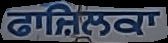
ਫਾਜਿਲਕਾ